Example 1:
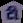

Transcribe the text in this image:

से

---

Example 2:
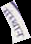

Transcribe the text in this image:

संस्थान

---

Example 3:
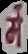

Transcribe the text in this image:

में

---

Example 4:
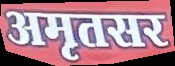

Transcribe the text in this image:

अमृतसर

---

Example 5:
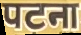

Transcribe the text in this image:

पटना